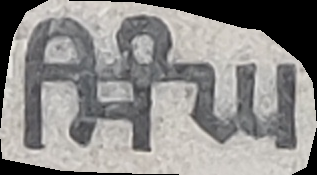
ਸਿੰਘ